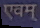
एवम्